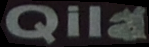
Qila